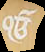
੧ਓ